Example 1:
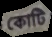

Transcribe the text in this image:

কোটি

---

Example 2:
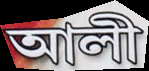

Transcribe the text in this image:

আলী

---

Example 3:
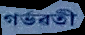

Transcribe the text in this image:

গর্ভবতী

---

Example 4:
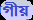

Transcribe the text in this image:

গীয়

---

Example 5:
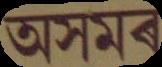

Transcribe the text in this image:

অসমৰ